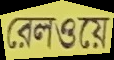
রেলওয়ে